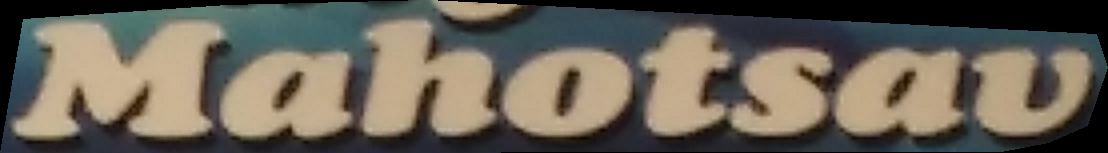
Mahotsau